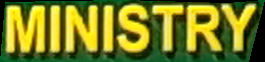
MINISTRY